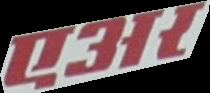
एअर